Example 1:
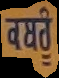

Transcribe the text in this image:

ਕਬਹੂੰ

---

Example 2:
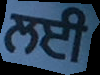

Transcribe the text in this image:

ਲਈ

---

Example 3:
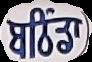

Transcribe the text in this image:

ਬਠਿੰਡਾ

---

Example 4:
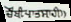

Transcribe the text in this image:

ਚੌਥੀਪਾਤਸਾਹੀ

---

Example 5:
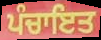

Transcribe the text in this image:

ਪੰਚਾਇਤ